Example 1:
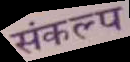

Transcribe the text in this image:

संकल्प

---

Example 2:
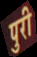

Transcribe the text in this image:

पुरी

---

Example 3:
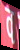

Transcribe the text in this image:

व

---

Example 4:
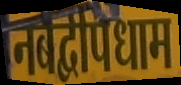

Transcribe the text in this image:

नबद्वीपधाम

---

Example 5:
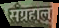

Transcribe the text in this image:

संग्रहाल